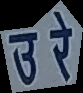
उरे